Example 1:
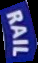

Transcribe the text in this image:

RAIL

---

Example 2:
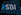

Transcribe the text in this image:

SBI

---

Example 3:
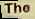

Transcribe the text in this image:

The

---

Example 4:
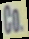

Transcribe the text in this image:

Co.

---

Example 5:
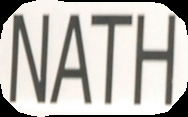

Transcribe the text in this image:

NATH